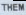
THEM